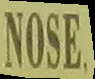
NOSE,